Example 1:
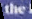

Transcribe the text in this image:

the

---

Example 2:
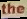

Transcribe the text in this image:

the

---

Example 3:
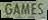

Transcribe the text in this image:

GAMES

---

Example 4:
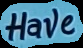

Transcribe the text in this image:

Have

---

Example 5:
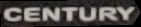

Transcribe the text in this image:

CENTURY